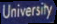
University